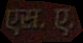
एस.ए.